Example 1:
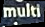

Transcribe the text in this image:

multi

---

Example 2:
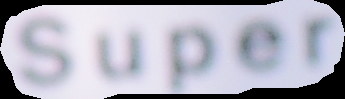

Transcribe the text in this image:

Super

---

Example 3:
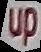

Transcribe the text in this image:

up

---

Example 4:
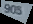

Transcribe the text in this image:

905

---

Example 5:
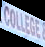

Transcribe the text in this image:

COLLEGE